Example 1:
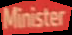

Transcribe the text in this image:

Minister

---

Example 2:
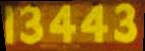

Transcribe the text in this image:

13443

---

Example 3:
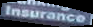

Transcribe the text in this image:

Insurance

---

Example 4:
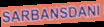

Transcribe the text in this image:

SARBANSDANI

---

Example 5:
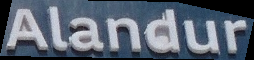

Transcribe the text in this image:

Alandur